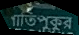
তিপুকুর